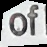
of